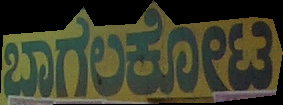
ಬಾಗಲಕೋಟ